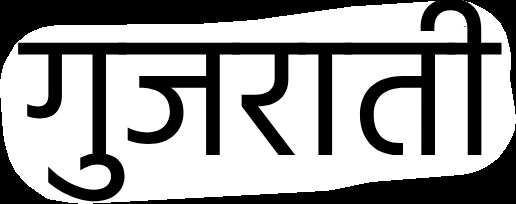
गुजराती